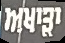
ਅਖਾੜਾ